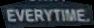
EVERYTIME.